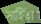
সার্হিত্য